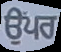
ਉੱਪਰ